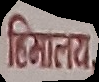
हि‍मालय